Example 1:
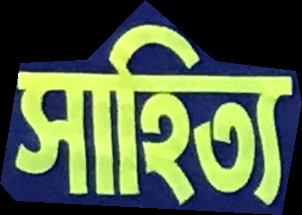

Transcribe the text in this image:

স৷হিত্য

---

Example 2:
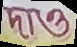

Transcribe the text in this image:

দাও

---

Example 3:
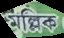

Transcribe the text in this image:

মল্লিক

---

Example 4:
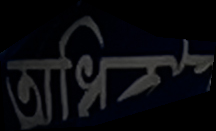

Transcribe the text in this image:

অধি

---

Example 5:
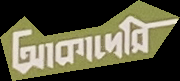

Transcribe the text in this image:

আকাদেরি